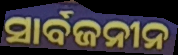
ସାର୍ବଜନୀନ